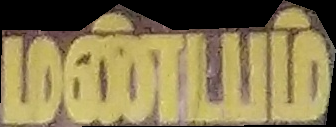
மண்டபம்